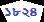
১৮২৪